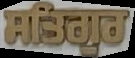
ਸਤਿਗੁਰ